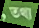
তথ্য